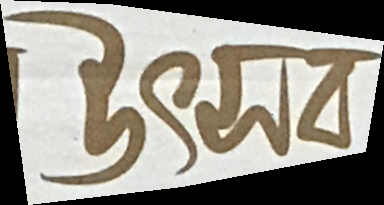
উৎসব